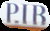
P.I.B